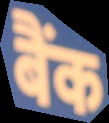
बैंक